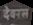
देवरस